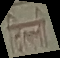
दिल्ली